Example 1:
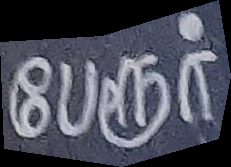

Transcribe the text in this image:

பேரூா்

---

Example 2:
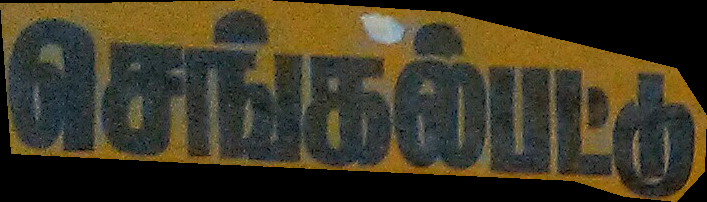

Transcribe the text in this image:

செங்கல்பட்டு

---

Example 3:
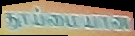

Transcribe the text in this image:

தூய்மையான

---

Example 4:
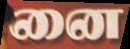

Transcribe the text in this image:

னை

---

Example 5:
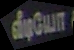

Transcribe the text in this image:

வீடியோ